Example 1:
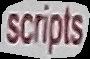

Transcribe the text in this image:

scripts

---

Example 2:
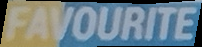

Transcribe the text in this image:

FAVOURITE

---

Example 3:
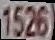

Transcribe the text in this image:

1526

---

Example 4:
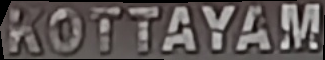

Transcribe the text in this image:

KOTTAYAM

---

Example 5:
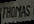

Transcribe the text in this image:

THOMAS